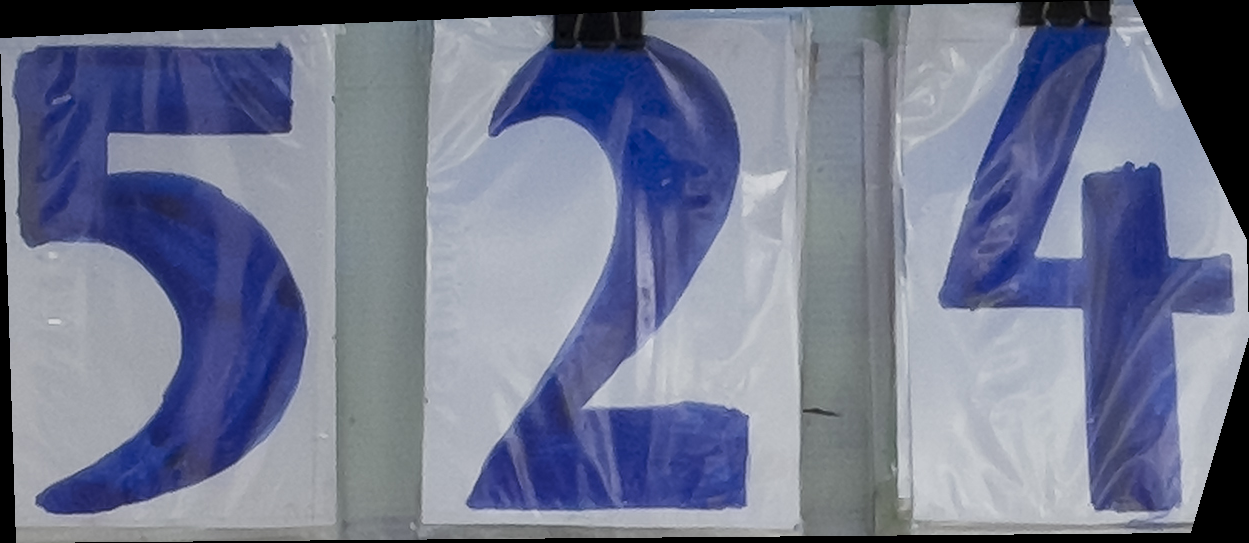
524